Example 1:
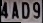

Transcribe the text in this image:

4AD9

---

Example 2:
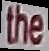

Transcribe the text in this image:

the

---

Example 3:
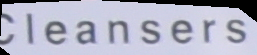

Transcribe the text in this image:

Cleansers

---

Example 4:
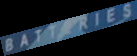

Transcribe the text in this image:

BATTARIES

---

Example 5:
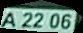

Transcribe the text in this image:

A2206